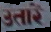
उतारें